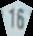
16